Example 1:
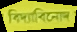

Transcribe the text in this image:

বিদ্যাবিনোদ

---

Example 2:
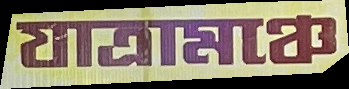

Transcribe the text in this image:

যাত্রামঞ্চে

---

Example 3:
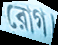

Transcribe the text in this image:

রোগ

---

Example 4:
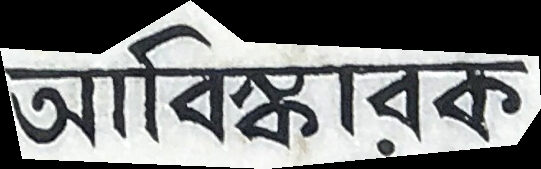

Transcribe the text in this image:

আবিষ্কারক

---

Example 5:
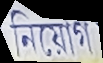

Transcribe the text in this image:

নিয়োগ